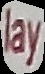
lay